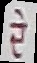
ਦੇ